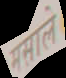
मसाले